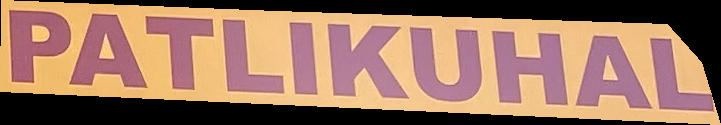
PATLIKUHAL